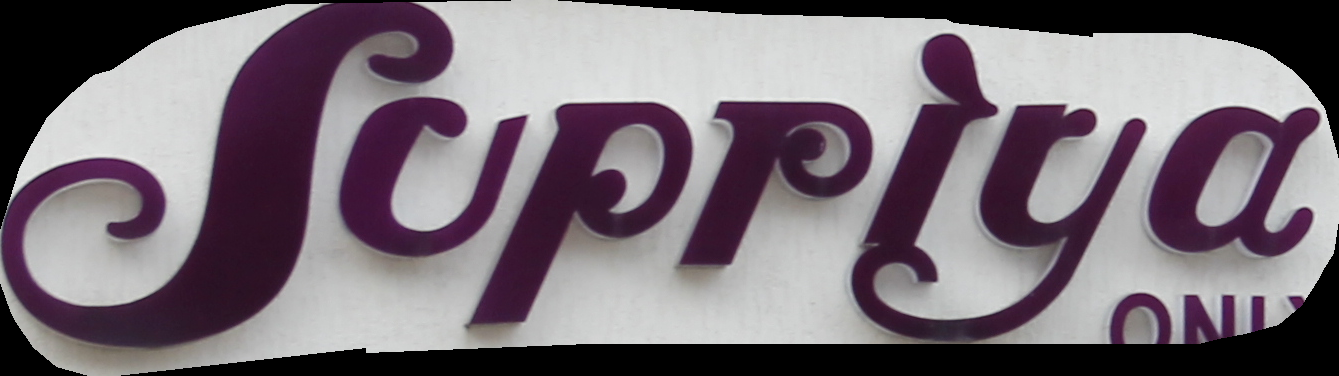
Supriya